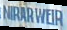
NIRARWEIR